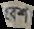
বেশ